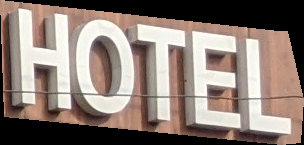
HOTEL